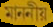
মাননীয়